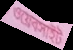
ওয়েবসাইট